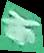
क‍े